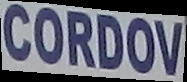
CORDOV